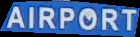
AIRPORT